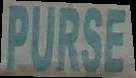
PURSE